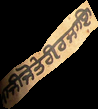
ਜੀਜੇਤੇਰੀਰਜਾਇਾ